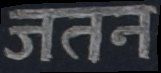
जतन